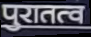
पुरातत्व